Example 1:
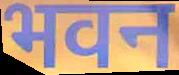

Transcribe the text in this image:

भवन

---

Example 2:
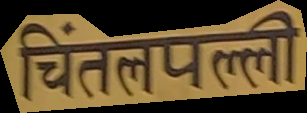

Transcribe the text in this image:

चिंतलपल्ली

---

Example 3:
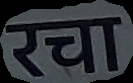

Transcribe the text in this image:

रचा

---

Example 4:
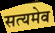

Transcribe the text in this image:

सत्‍यमेव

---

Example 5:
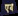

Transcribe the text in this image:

एवं